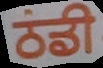
ਠੰਡੀ